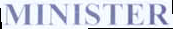
MINISTER